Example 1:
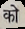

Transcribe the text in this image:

काे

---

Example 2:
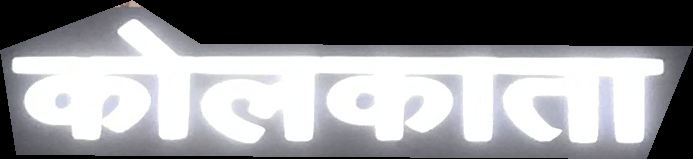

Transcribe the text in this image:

कोलकाता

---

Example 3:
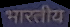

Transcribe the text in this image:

भारतीय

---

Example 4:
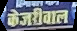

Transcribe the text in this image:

केजरीवाल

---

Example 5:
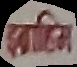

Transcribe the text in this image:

इब्राहि‍म